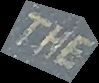
THE